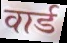
वार्ड